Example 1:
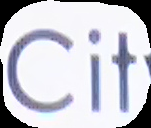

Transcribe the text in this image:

Cit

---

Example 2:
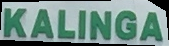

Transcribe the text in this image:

KALINGA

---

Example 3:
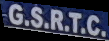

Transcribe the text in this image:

G.S.R.T.C.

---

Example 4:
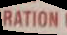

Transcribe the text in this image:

RATION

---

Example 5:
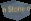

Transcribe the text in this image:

Stone